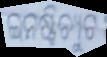
ଇନଷ୍ଟିଚ୍ୟୁଟ